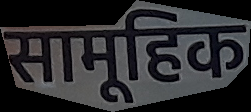
सामूहिक